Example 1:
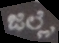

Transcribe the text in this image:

ಜಿಲ್ಲೆ,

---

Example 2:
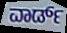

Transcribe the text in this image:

ವಾಡ್೯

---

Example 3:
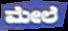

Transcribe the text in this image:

ಮೇಲೆ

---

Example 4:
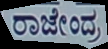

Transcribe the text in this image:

ರಾಜೇಂದ್ರ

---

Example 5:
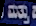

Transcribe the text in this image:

ಮತ್ತು